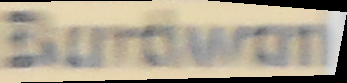
Burdwan